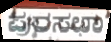
ಪ್ರರಸಭಾ